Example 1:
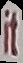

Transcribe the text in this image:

it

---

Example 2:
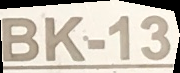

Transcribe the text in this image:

BK-13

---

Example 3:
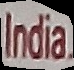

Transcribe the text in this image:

India.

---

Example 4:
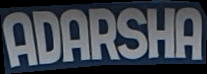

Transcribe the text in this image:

ADARSHA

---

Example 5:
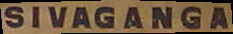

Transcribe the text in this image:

SIVAGANGA